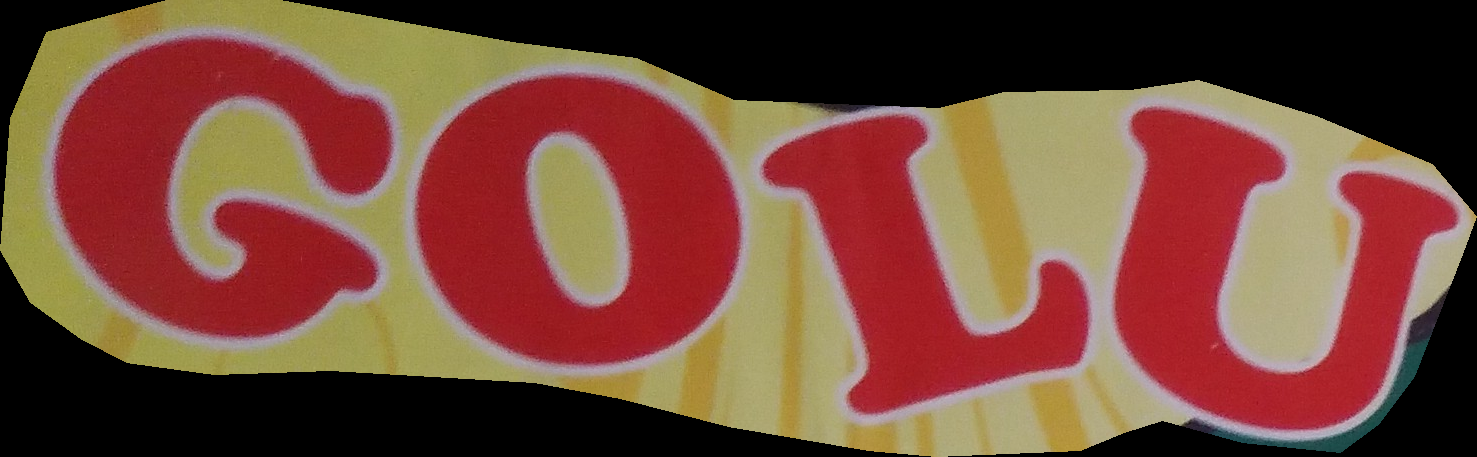
GOLU